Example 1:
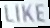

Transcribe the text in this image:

LIKE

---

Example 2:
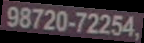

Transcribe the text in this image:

98720-72254,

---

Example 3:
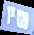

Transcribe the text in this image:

1st T20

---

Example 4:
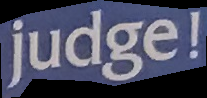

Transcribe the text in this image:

judge!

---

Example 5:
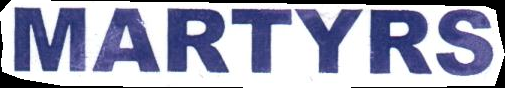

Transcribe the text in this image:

MARTYRS